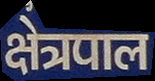
क्षेत्रपाल